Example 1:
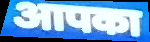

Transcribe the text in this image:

आपका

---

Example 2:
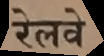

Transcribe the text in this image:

रेलवे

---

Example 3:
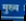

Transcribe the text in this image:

मुख्य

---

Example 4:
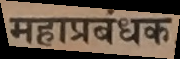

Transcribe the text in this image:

महाप्रबंधक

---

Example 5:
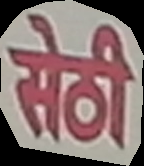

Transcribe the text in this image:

सेठी